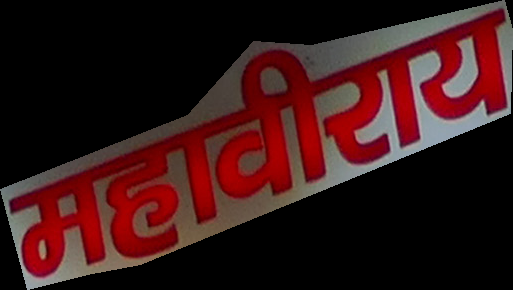
महावीराय